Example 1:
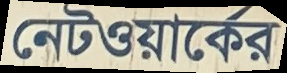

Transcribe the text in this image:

নেটওয়ার্কের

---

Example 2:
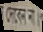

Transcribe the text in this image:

দেবেন না।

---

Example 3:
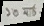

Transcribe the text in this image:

১৩ মার্চ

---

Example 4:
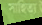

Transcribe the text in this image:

সাহিত্য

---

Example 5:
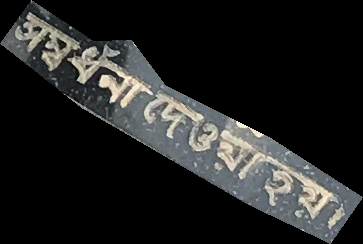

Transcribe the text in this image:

সম্বর্ধনা দেওয়া হয়।